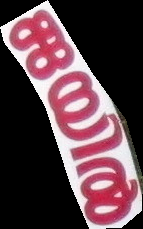
ജയിൽ